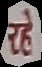
रहे